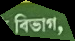
বিভাগ,